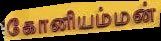
கோனியம்மன்